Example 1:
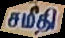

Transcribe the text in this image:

சமீதி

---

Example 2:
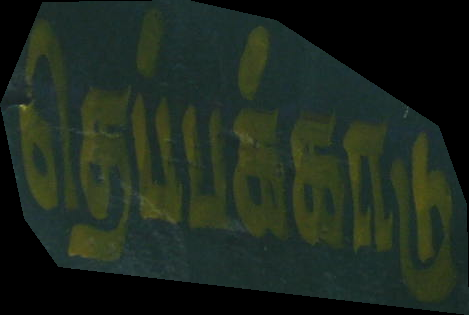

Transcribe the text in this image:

தெப்பக்காடு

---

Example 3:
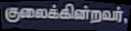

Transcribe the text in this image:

குலைக்கின்றவர்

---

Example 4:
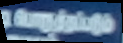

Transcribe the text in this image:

பொருத்தப்படும்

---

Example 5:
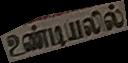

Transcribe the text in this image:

உண்டியலில்